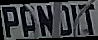
PANDIT